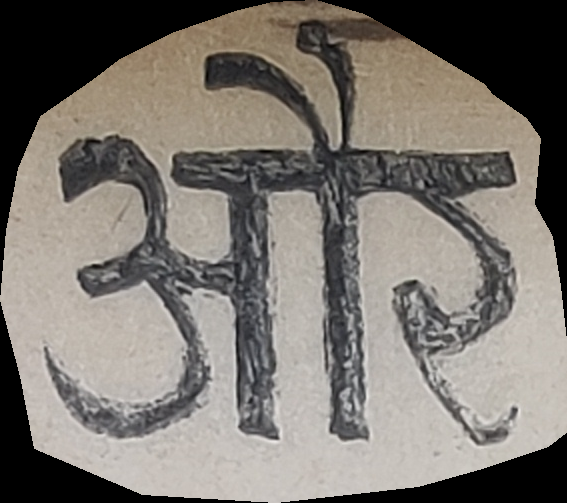
और